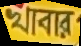
খাবার